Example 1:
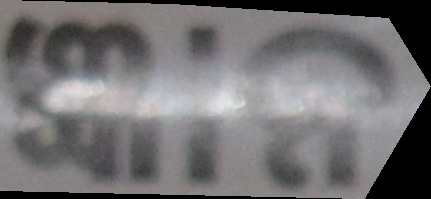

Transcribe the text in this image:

ଜ୍ଞାନ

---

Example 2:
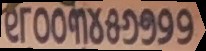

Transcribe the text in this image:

୧୮୦୦୩୪୫୬୭୨୨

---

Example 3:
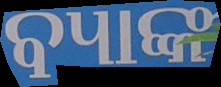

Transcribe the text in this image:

ବ୍ୟାଙ୍କ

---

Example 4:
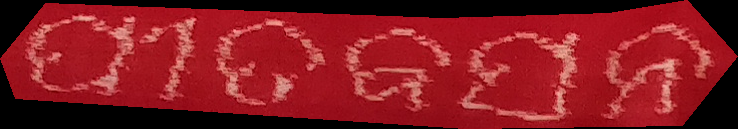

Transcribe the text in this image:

ପୀତବସନ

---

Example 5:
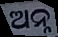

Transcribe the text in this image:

ଅନ୍ନ